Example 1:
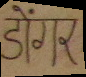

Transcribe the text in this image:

डोंगर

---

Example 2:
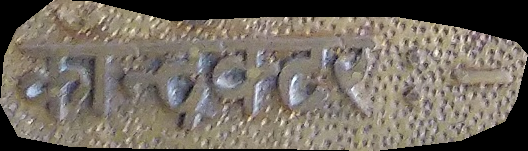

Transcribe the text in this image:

कॉन्ट्रक्टर:-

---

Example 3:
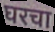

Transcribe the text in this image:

घरचा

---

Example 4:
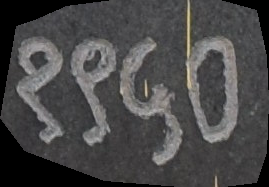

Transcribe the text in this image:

१९५०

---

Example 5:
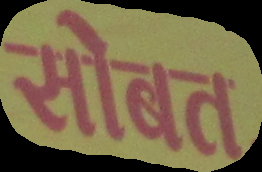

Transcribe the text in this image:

सोबत